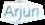
Arjun